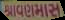
શ્રાવણમાસ